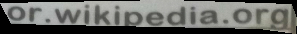
or.wikipedia.org